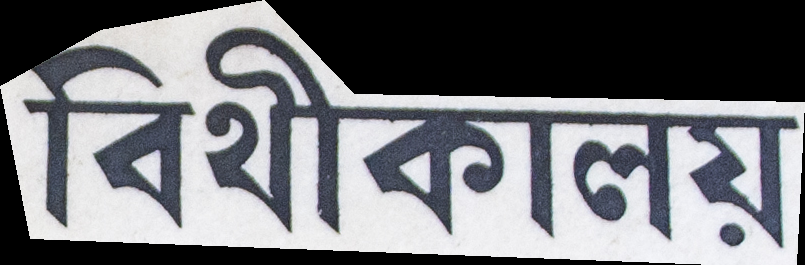
বিথীকালয়